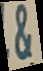
&